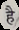
है